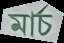
মার্চ